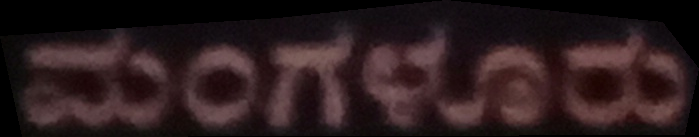
ಮಂಗಳೂರು